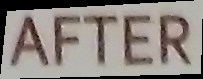
AFTER